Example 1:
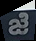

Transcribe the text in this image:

ಜೆ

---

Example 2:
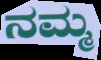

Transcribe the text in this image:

ನಮ್ಮ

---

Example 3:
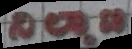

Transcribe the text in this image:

ನಿಲ್ದಾಣ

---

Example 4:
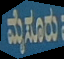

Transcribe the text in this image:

ಮೈಸೂರು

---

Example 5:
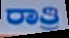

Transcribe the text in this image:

ರಾತ್ರಿ